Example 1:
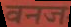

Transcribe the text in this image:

वनज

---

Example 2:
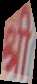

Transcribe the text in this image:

श्री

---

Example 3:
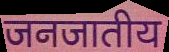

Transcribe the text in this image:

जनजातीय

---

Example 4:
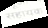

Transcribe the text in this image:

सहायक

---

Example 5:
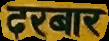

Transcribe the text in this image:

दरबार